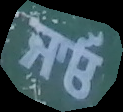
ਜਾਓ